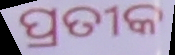
ପ୍ରତୀକ